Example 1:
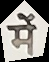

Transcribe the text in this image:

में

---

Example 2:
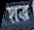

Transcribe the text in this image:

शुद्ध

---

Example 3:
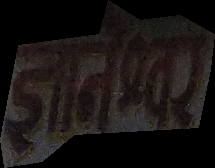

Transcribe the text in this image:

ज्ञानेश्वर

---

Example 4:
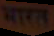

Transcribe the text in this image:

भारत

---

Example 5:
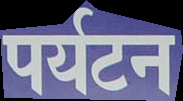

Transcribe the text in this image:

पर्यटन